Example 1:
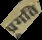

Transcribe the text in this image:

प्रगति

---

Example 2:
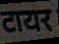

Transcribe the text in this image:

टायर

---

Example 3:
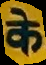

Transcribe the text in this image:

के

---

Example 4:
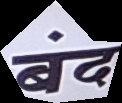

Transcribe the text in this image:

बंद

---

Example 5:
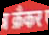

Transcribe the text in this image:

क्रैकर